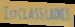
ISTCLASSLADIES